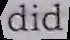
did